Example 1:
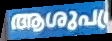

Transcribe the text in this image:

ആശുപ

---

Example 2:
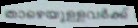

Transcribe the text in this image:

താഴെയുള്ളവർക്ക്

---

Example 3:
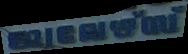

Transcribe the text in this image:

ജ്വലേഴ്‌സ്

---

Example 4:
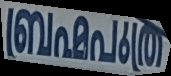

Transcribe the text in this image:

ബ്രഹ്മപുത്ര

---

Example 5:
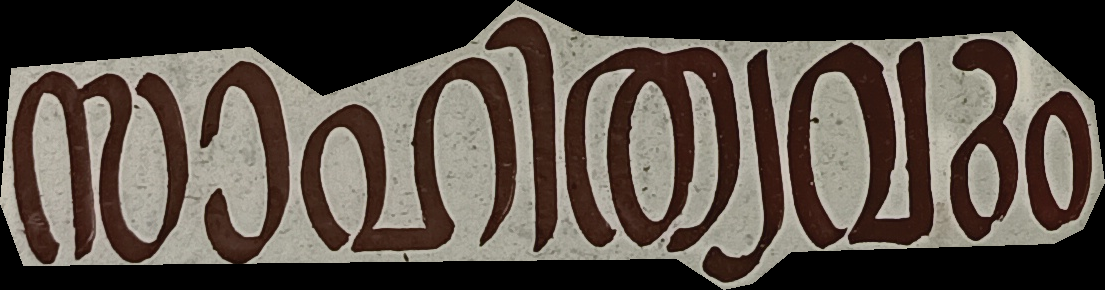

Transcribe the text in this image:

സാഹിത്യവും